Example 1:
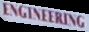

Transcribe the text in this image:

ENGINEERING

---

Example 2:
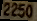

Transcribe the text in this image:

2250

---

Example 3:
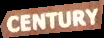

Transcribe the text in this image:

CENTURY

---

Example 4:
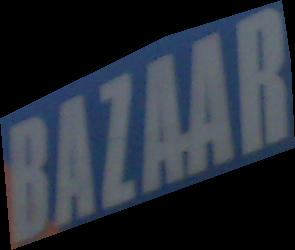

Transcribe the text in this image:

BAZAAR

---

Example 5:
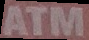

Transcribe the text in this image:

ATM